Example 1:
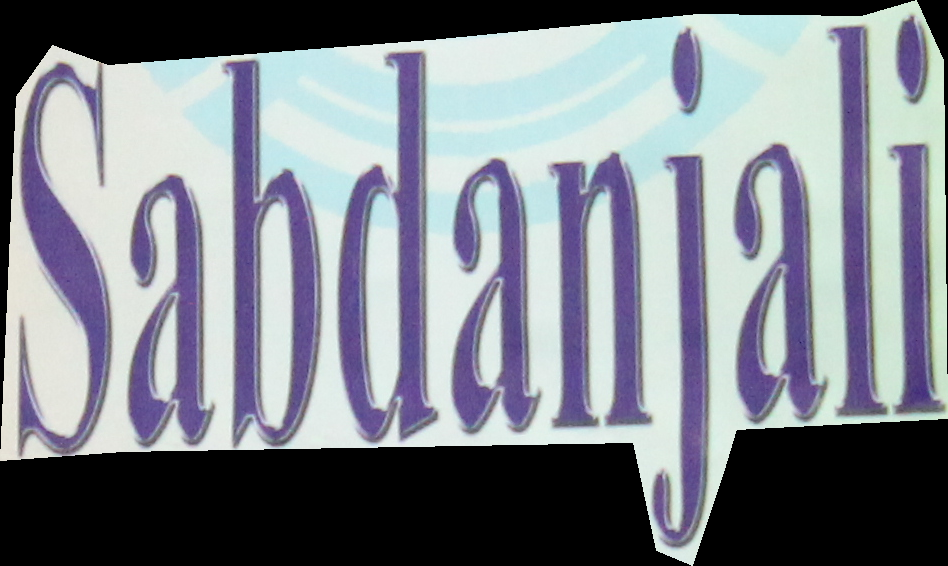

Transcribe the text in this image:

Sabdanjali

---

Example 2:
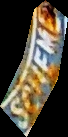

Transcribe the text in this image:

SCHEME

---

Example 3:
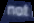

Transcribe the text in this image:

not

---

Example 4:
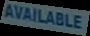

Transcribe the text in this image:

AVAILABLE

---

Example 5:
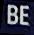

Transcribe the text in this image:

BE